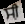
ਸੀ